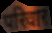
परिवार